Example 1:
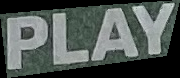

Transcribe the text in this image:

PLAY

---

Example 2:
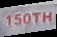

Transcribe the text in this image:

150TH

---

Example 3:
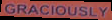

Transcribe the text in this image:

GRACIOUSLY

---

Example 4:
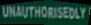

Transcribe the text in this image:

UNAUTHORISEDLY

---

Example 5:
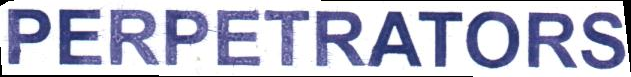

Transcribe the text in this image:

PERPETRATORS